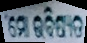
ମୋ ଭବିଷ୍ୟତ